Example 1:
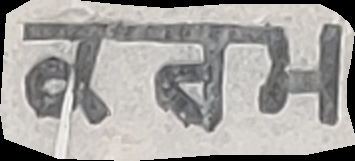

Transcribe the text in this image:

ਕਰਮ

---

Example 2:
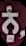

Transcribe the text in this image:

ਨੂੰ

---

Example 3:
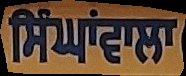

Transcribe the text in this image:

ਸਿੰਘਾਂਵਾਲਾ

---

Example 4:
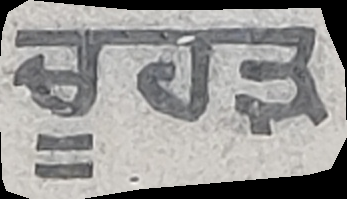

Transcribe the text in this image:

ਚੂਹਤ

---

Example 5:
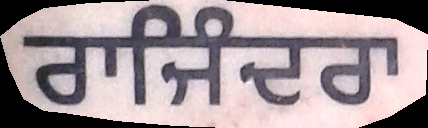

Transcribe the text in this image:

ਰਾਜਿੰਦਰਾ